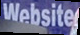
Website